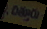
చిత్తూరు